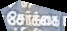
சோ்க்கை